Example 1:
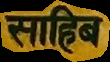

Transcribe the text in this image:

साहिब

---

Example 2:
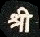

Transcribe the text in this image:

श्री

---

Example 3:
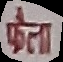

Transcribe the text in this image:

फैला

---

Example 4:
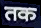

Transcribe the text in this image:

तक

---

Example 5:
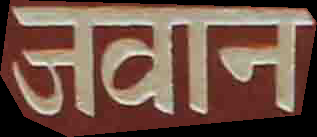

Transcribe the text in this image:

जवान